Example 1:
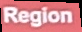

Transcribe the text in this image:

Region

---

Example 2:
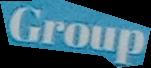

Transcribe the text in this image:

Group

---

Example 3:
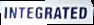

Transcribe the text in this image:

INTEGRATED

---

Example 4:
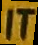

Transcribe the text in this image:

IT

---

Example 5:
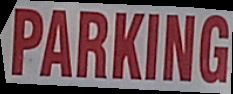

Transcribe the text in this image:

PARKING